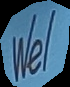
Wel